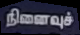
நினைவுச்